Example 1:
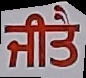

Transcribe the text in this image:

ਜੀਤੈ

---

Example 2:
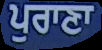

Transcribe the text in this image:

ਪੁਰਾਣਾ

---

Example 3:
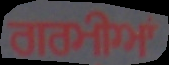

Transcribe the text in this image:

ਗਰਮੀਆਂ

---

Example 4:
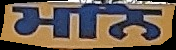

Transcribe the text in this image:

ਮਨਿ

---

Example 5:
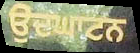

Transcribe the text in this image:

ਉਦਘਾਟਨ